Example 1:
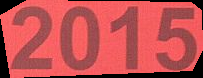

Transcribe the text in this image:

2015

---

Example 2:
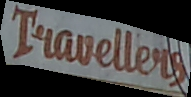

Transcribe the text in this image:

Travellers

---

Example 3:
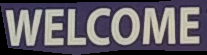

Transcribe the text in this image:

WELCOME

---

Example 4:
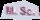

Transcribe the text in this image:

M.Sc.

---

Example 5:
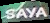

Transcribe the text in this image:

SAYA